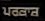
ਪਰਕ਼ਾਰ